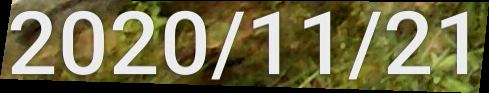
2020/11/21